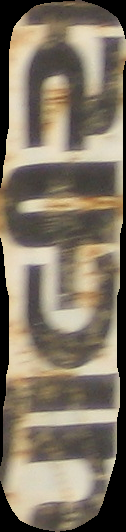
પોલીસ